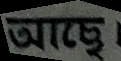
আছে